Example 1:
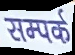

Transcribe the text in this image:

सम्पर्क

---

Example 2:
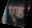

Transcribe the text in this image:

ए्क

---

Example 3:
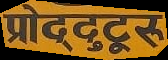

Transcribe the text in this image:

प्रोद्दुटूरु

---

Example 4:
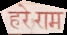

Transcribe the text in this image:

हरे राम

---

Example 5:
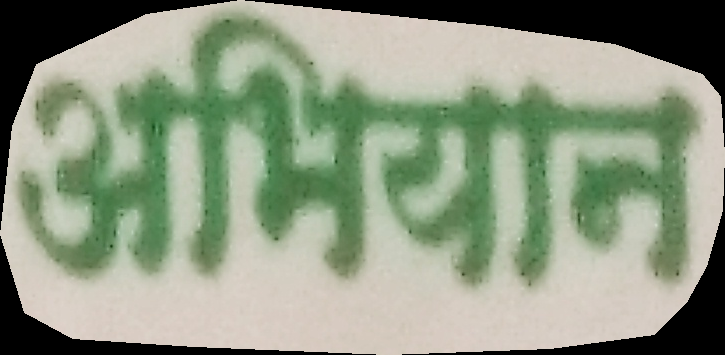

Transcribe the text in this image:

अभियान